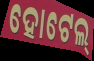
ହୋଟେଲ୍